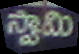
స్వామి